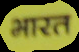
भारत